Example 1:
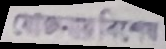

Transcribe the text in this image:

যোজনায় বিশেষ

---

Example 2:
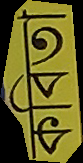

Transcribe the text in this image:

কবিতা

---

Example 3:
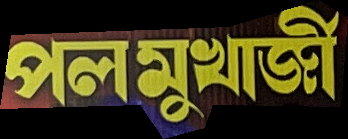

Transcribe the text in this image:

পল মুখার্জী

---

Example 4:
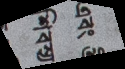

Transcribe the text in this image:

শিবস্থ্য এবং শ্রী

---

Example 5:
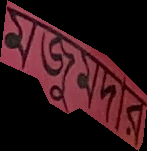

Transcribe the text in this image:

মজুমদার